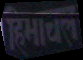
हिमाचल